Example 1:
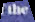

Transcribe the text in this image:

the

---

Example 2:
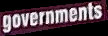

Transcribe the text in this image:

governments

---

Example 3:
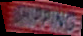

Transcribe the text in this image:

SHIPPING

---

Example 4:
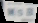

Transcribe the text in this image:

MsB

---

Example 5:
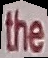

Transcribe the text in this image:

the